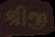
શ્રીજી